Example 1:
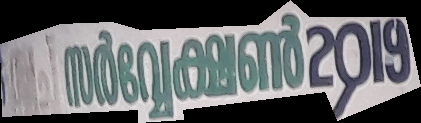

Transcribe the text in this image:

സ്വച്ഛ് സർവ്വേക്ഷൺ 2019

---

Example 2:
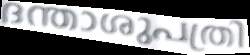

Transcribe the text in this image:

ദന്താശുപത്രി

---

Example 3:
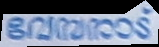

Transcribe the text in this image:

വേമ്പനാട്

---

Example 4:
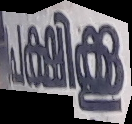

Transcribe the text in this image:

പക്ഷിക്കൂ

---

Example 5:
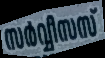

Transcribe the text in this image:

സർവ്വിസസ്